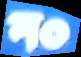
नo